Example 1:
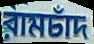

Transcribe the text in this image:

রামচাঁদ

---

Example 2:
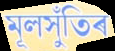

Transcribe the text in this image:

মূলসুঁতিৰ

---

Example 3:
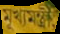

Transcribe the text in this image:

মূখ্যমন্ত্ৰী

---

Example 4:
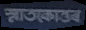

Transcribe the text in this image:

স্নাতকোতৰ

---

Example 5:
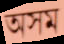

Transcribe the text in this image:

অসম